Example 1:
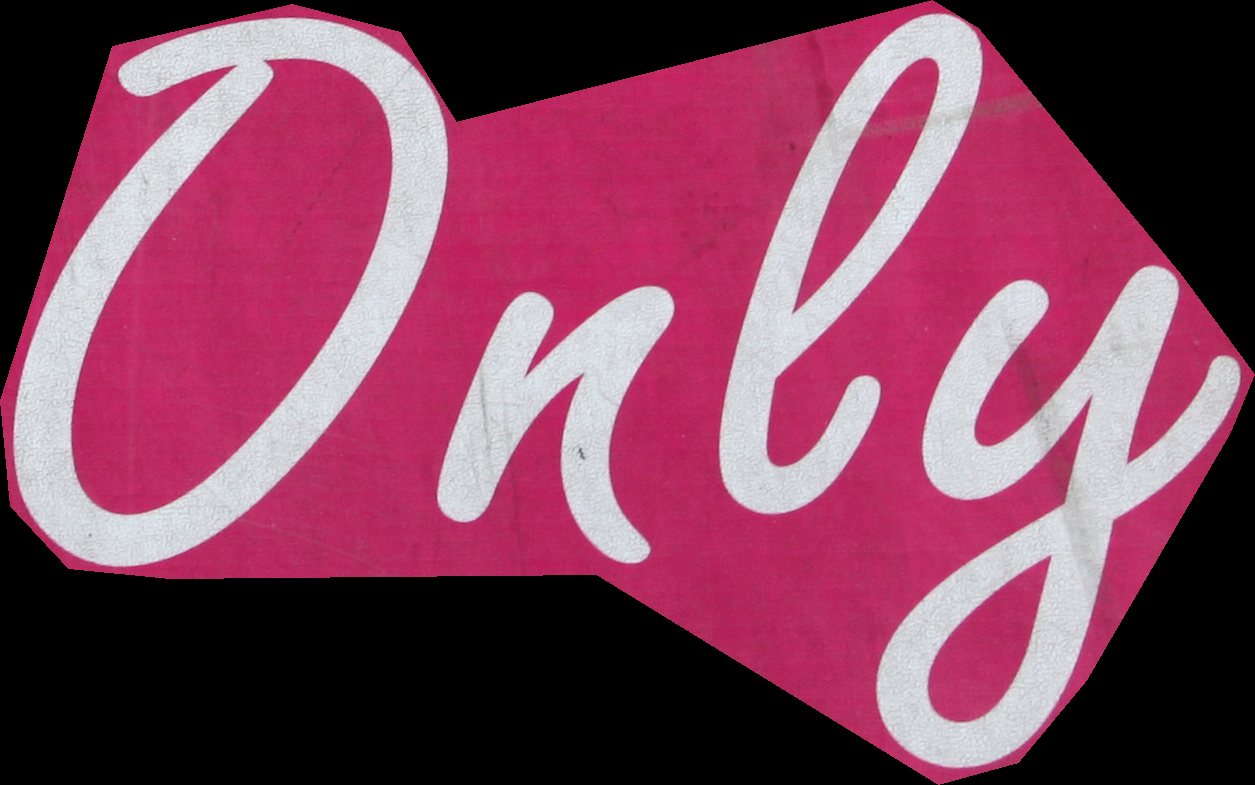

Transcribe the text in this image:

Only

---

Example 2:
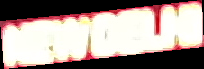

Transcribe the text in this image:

NEWDELHI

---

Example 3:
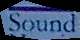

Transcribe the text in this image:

Sound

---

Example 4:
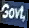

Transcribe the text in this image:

Govt,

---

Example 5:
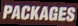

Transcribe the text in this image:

PACKAGES